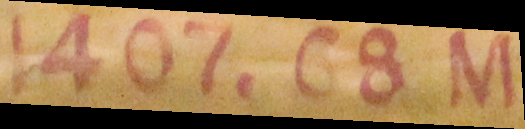
1407.68M